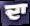
ਦਾ